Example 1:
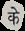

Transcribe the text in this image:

के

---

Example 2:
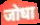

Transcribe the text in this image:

जोधा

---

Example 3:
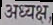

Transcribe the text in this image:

अध्यक्ष,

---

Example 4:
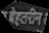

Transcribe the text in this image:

बेहतरीन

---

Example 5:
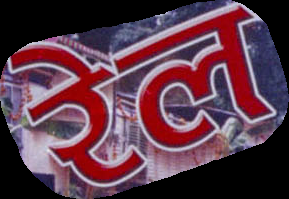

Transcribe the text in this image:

रेल